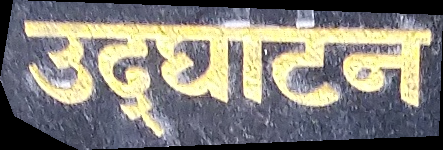
उद्घाटन